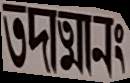
তদাআনং